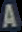
A